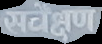
सर्वेक्षण